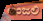
ಅಂಜಲಿ